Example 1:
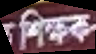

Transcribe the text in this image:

শিক্ষক-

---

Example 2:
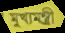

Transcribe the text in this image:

মুখ্যমন্ত্রী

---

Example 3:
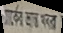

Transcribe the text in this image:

য়ার্কের ভ্রান্ত খবরে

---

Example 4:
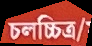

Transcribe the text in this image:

চলচ্চিত্র/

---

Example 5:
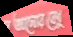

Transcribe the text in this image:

মাখলো রে